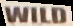
WILD